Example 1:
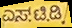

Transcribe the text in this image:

ಎಸ್.ಟಿ.ಡಿ.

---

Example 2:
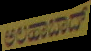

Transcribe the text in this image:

ಅಲಹಾಬಾದ್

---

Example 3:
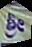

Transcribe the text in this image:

ಶ್ರೀ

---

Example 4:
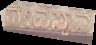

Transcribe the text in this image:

ದೇವನ್ನವ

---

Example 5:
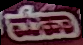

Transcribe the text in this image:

ಮಹಾ